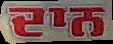
ਦਾਨ